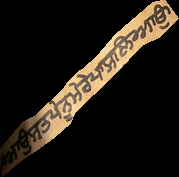
ਆਉਸਤ ਪੇਨੂਮੇਰੇਪਾਸਲਿਆਉਾ